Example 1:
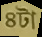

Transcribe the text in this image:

৪টা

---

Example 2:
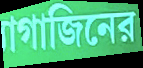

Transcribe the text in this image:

গাজিনের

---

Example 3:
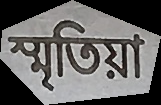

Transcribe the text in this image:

স্মৃতিয়া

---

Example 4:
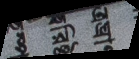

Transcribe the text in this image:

হস্প হরিষ্ট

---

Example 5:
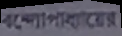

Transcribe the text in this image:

বন্দ্যোপ৷ধ্যয়ের